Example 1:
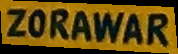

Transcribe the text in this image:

ZORAWAR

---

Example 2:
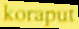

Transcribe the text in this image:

koraput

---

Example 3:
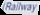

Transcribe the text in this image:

(Railway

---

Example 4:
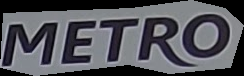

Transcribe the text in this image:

METRO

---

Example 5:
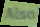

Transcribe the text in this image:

Also